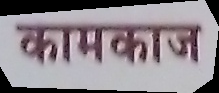
कामकाज